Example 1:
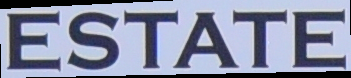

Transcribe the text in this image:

ESTATE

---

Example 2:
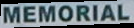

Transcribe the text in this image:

MEMORIAL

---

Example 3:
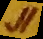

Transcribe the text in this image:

JI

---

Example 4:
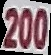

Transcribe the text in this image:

200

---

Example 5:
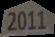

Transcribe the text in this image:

2011